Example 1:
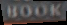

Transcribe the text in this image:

BOOK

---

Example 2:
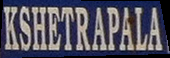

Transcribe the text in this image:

KSHETRAPALA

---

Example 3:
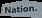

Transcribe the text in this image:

Nation.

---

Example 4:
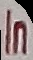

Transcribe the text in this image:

In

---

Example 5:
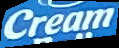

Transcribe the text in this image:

Cream